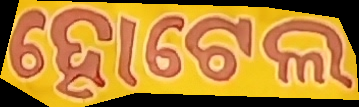
ହୋଟେଲ